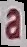
a